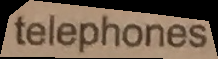
telephones